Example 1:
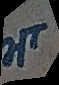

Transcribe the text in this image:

ਮਾ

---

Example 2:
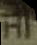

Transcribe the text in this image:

ਜੀ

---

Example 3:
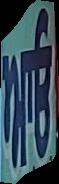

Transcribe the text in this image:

ਆਓ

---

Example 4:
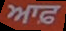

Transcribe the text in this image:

ਆਫ਼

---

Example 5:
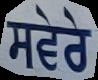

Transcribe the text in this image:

ਸਵੇਰੇ